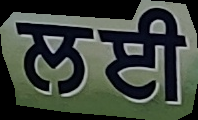
ਲਈ